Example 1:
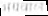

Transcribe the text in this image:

अग्रवाल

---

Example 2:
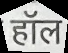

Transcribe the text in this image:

हॉल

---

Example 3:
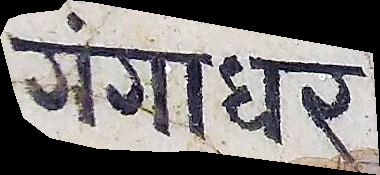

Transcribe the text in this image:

गंगाधर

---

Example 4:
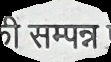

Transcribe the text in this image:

की सम्पन्न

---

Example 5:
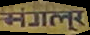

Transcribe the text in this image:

मंगल्‌र